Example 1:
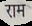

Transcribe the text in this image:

राम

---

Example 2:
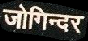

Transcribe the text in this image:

जोगिन्दर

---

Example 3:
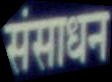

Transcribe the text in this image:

संसाधन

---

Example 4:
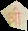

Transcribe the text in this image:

श्री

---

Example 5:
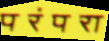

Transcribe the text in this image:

परंपरा